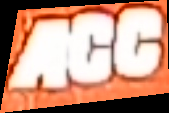
ACC